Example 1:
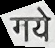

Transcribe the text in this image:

गये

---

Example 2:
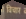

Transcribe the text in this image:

विचार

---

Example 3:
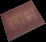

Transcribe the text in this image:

लाभ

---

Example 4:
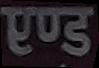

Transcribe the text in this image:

एण्ड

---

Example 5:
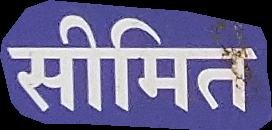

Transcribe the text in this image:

सीमित